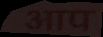
आप